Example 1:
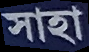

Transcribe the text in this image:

সাহা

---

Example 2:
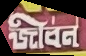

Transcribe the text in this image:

জীবন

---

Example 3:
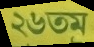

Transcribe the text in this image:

২৬তম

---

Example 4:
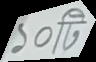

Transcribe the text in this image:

১০টি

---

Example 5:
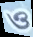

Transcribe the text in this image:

ও